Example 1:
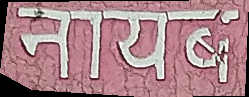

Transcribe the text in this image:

नायब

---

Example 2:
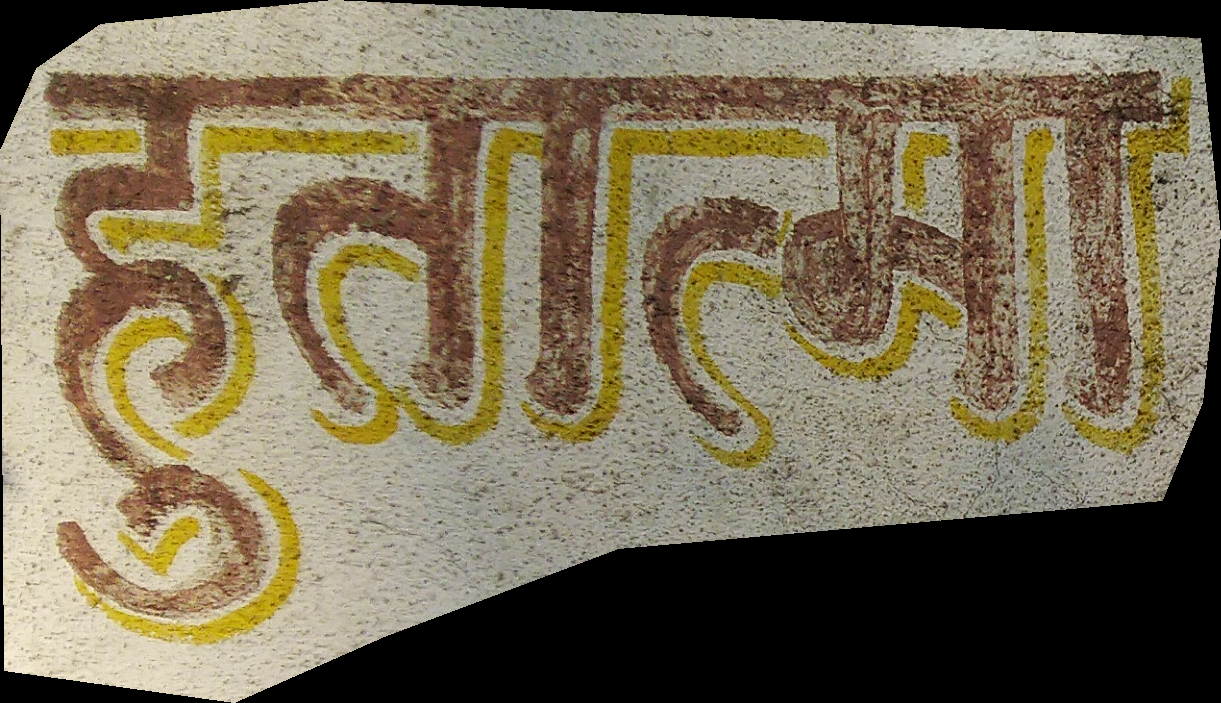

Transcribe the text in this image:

हुतात्मा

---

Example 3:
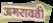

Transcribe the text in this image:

अमरावती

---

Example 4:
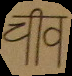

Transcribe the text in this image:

चीव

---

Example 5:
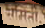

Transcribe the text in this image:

समिती.